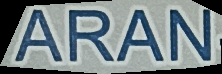
ARAN